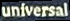
universal